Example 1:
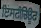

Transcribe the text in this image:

ਇੰਸਟੀਚਿਊਟ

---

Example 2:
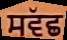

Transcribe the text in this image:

ਸਵੱਛ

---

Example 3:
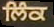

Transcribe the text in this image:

ਲਿੰਕ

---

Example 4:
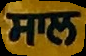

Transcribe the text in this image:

ਸਾਲ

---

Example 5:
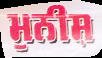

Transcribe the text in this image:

ਮੂਨੀਸ